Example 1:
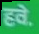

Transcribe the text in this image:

हवे.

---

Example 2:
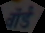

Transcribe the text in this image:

बोर्ड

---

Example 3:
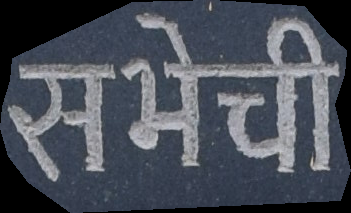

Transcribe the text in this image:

सभेची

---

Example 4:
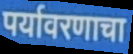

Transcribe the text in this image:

पर्यावरणाचा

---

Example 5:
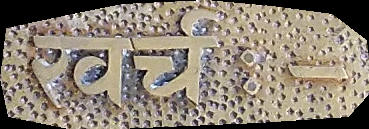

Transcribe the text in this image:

खर्च:-